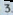
3